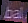
bal